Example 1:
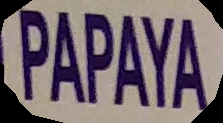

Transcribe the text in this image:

PAPAYA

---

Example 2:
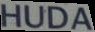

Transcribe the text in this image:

HUDA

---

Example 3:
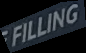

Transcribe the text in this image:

FILLING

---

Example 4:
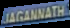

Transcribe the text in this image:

JAGANNATH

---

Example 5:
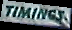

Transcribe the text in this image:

TIMINGS.